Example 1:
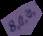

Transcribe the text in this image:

৪,৫,৬,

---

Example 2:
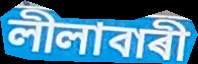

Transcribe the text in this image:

লীলাবাৰী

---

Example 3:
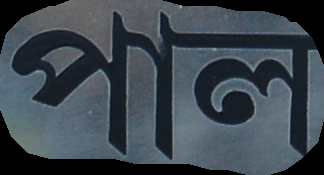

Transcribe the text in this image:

পাল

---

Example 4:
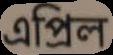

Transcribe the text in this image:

এপ্রিল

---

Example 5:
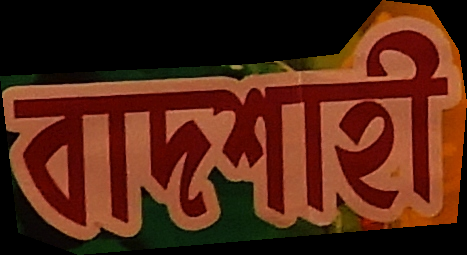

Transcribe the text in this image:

বাদশাহী